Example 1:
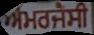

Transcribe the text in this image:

ਅਮਰਜੇਸੀ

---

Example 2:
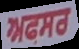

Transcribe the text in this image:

ਅਫਸਰ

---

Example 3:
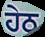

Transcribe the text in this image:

ਹੇਠ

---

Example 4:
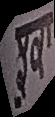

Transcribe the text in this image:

ਝਕਾ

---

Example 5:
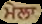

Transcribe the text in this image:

ਮੇਲਾ